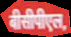
बीसीपीएल,